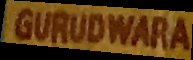
GURUDWARA